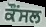
ਕੌਂਸਲ